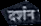
दर्शन